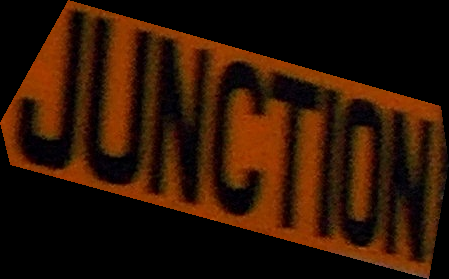
JUNCTION